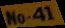
No-41